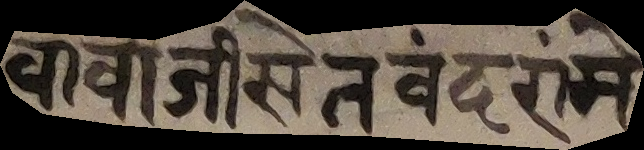
वावाजीसेतवंदरांमे